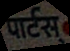
पार्टस्